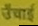
उँचाई